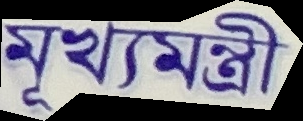
মূখ্যমন্ত্ৰী